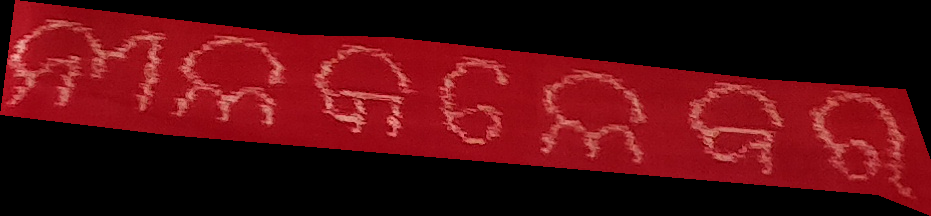
ନୀଳକଳେବର